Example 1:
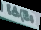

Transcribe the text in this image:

കേന്ദ്രം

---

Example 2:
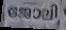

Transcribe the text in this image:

ജോലി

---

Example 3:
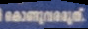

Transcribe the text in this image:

കൊണ്ടുവരരുത്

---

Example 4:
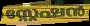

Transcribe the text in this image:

സ്റ്റേഷൻ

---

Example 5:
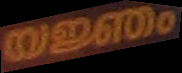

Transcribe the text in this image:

യജ്ഞം